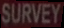
SURVEY